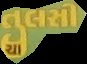
તુલસી યા